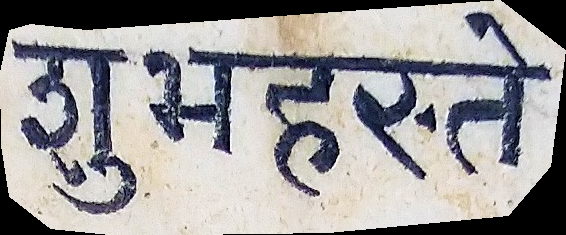
शुभहस्ते